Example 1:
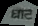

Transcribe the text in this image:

द्याट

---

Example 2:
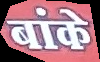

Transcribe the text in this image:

बांके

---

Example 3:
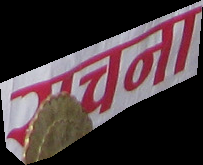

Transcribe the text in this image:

सूचना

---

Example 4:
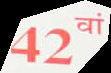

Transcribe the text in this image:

42 वां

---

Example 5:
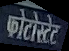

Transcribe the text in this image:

फोटोस्टेट